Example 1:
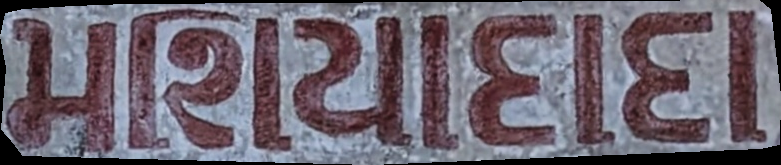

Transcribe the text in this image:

મશયાદાદા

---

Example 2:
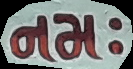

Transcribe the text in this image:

નમઃ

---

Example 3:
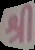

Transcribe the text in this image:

શ્રી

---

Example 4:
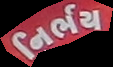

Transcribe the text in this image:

નિર્ભય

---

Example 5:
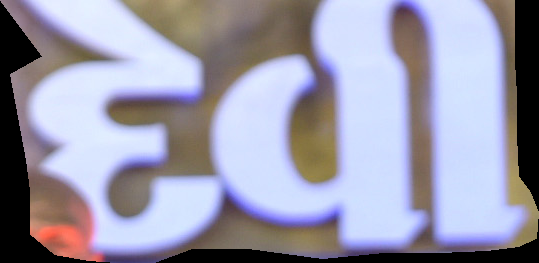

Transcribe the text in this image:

દેવી